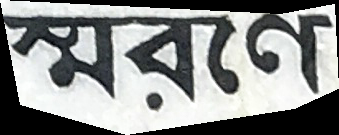
স্মরণে